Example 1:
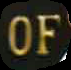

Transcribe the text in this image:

OF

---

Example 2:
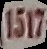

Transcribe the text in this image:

1517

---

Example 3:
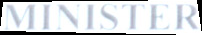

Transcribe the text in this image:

MINISTER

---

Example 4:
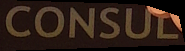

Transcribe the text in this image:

CONSUL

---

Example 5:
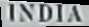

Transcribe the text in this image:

INDIA